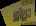
ജില്ലാ